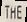
THE